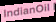
IndianOil